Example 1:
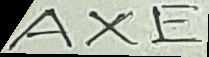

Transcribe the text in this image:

AXE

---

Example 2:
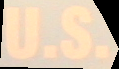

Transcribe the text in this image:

U.S.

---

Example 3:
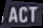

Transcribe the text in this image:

ACT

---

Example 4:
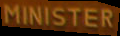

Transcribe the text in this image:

MINISTER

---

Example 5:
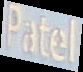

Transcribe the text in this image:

Patel